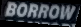
BORROW